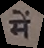
में